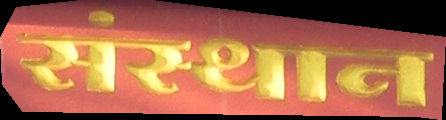
संस्थान